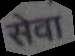
सेवा